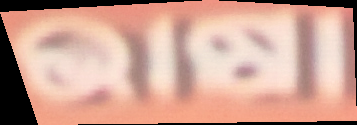
ଭାଷା